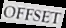
OFFSET